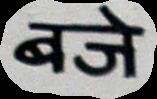
बजे